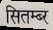
सितम्बर